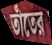
তাঁতের